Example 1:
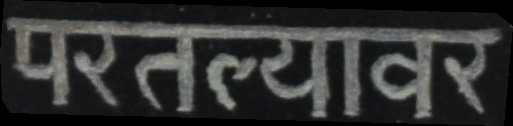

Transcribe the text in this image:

परतल्यावर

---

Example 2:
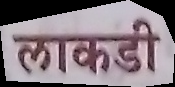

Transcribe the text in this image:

लाकडी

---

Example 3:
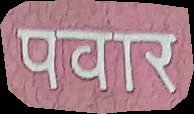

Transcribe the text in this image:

पवार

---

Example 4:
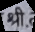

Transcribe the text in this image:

श्री.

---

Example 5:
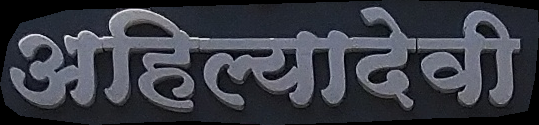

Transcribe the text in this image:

अहिल्यादेवी